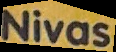
Nivas